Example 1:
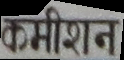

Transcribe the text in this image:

कमीशन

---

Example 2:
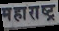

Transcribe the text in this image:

महारा़ष्ट्र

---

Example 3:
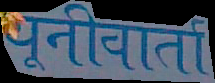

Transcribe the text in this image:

नीवार्ता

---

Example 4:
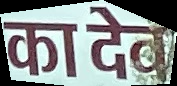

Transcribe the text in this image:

कादेव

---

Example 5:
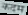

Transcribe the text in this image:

कदम